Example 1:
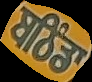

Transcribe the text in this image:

ਬਠਿੰਡਾ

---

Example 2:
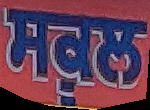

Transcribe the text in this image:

ਸਕੂਲ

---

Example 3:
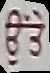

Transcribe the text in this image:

ਉੱਤੇ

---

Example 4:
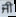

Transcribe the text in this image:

ਜੀ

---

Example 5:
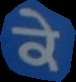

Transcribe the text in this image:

ਕੇ